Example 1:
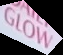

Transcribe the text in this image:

GLOW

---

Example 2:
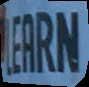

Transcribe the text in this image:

LEARN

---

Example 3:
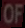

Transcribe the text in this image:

OF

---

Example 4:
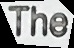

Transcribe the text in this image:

The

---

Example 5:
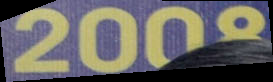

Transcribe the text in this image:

2008